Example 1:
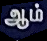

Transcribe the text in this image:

ஆம்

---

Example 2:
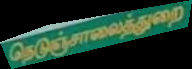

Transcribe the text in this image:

நெடுஞ்சாலைத்துறை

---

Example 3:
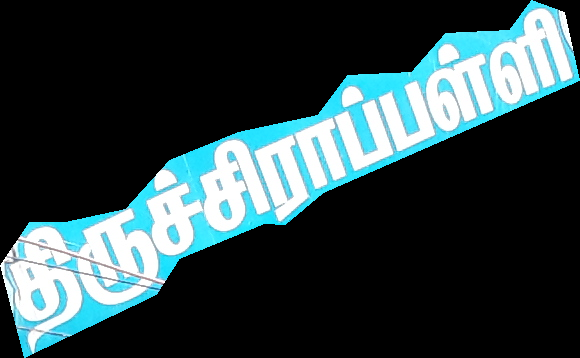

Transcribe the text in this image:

திருச்சிராப்பள்ளி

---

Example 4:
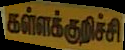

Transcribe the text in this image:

கள்ளக்குறச்சி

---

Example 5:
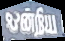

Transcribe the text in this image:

ஒன்றிய